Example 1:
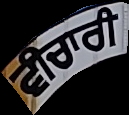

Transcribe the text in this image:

ਵੀਚਾਰੀ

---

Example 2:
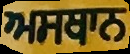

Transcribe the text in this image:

ਅਸਥਾਨ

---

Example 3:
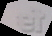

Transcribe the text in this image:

ਦੀ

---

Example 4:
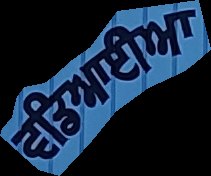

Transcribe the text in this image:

ਵਡਿਆਈਆ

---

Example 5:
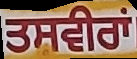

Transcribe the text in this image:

ਤਸਵੀਰਾਂ